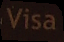
Visa